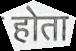
होता